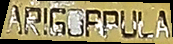
ARIGOPPULA